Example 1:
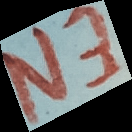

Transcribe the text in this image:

EN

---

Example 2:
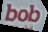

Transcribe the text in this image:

bob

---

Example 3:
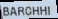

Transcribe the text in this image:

BARCHHI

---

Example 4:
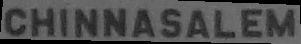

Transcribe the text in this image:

CHINNASALEM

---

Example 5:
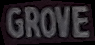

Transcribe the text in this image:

GROVE